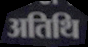
अतिथि